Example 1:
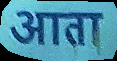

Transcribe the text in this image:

आता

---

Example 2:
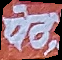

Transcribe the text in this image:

पेठ,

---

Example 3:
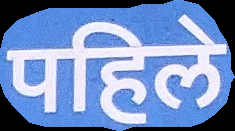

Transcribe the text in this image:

पहिले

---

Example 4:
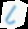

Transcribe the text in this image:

८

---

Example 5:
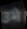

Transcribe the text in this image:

उभे